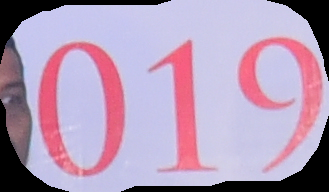
019